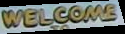
WELCOME